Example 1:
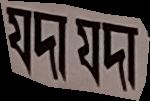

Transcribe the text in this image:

যদাযদা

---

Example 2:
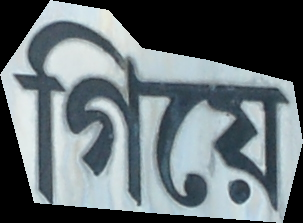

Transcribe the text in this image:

গিয়ে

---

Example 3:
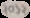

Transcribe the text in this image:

২০১২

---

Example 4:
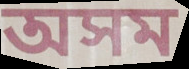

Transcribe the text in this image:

অসম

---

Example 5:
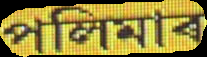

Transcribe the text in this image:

পলিমাৰ